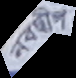
নরদ্বীপ